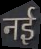
नई